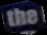
the